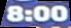
8:00